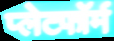
प्लेटफॉर्म